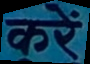
करें